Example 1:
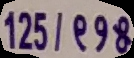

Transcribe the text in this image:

125/୧୨୫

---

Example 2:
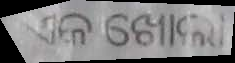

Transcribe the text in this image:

ଏକ ଖୋଲା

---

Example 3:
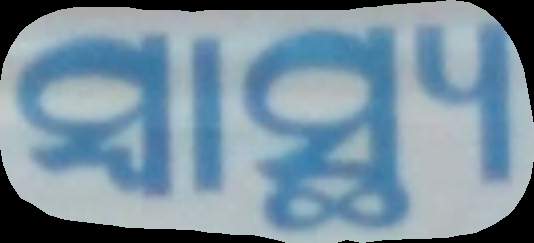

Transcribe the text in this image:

ସାସ୍ଥ୍ୟ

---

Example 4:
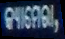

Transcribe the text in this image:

କ୍ୟାମେରା,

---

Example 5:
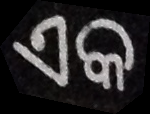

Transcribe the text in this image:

ଏକ